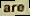
are